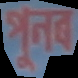
পুনৰ